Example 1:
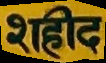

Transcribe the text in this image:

शहीद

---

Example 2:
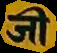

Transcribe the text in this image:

जी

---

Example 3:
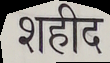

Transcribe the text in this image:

शहीद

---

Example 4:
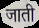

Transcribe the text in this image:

जाती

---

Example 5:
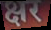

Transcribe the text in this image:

क्षर